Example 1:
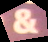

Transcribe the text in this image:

&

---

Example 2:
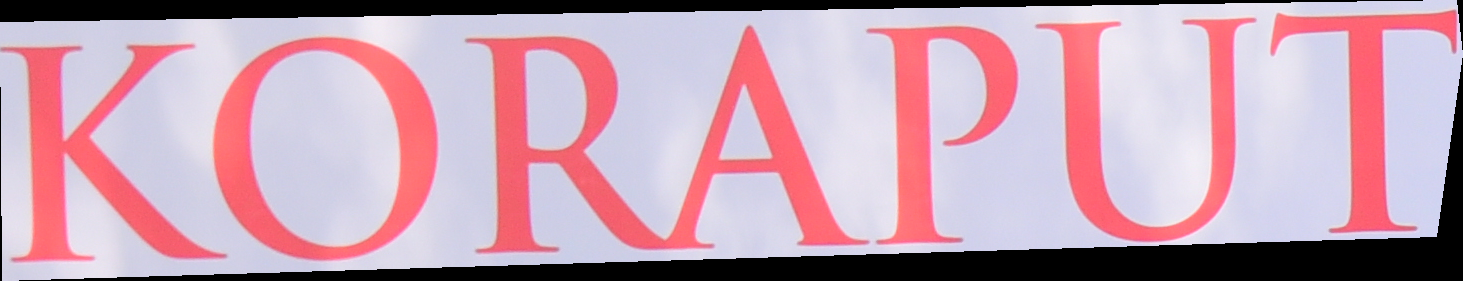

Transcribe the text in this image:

KORAPUT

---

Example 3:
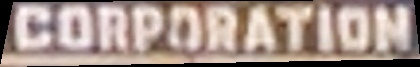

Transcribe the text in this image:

CORPORATION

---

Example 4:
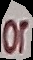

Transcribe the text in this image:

or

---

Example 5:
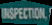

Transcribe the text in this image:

INSPECTION,